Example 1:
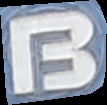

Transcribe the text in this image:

B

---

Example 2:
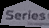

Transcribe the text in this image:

Series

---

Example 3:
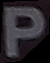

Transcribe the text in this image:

P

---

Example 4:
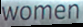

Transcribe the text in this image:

women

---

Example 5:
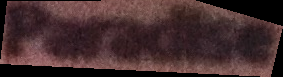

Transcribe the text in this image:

Paradise